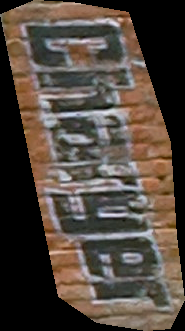
Charger